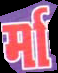
र्मा